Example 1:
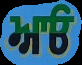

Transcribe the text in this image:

ਆੳ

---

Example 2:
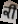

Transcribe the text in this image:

ਕੀ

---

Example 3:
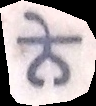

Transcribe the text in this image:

ਨੇ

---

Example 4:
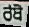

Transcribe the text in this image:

ਰਥੋ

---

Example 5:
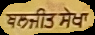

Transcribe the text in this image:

ਬਲਜੀਤ ਸੇਖਾ